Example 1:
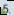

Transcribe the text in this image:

5.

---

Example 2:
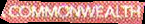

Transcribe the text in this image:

COMMONWEALTH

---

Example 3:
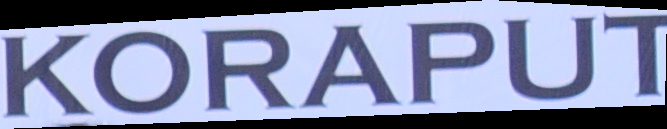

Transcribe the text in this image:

KORAPUT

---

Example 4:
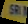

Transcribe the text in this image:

SRI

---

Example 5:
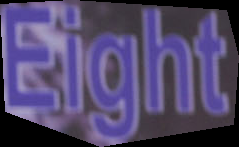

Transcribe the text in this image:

Eight